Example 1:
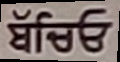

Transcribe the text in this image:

ਬੱਚਿਓ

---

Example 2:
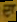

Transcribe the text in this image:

ਦਾ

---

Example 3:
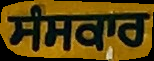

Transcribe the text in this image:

ਸੰਸਕਾਰ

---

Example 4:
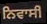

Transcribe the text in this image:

ਨਿਵਾਸੀ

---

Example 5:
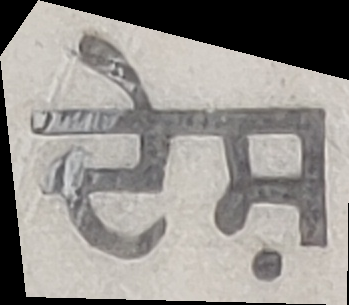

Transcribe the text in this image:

ਦੇਸ਼